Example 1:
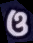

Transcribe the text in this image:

ଓ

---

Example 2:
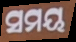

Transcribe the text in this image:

ସମୟ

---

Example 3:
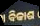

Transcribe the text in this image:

ବିକାଶ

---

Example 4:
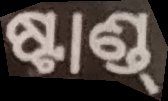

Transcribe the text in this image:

ଷ୍ଟାଣ୍ଡ୍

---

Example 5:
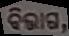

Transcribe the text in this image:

ବିଭାଗ,